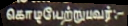
கொடியேற்றுபவர்:-